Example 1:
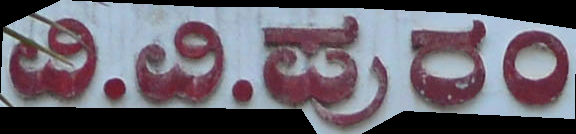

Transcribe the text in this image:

ಬಿ.ವಿ.ಪುರಂ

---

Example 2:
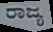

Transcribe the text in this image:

ರಾಜ್ಯ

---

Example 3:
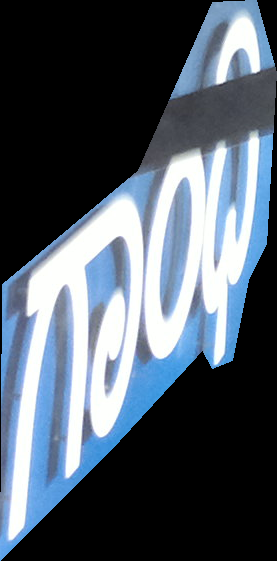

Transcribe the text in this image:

ಗಾಂಧಿ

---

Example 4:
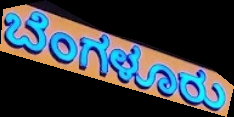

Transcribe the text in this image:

ಬೆಂಗಳೂರು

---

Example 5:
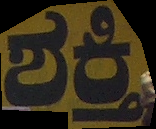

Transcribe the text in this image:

ಶಕ್ತಿ